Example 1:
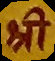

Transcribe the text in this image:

श्री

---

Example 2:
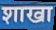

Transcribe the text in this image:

शाखा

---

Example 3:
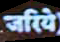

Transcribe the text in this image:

जरिये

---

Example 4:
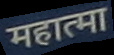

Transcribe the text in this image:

महात्मा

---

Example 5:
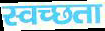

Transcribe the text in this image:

स्वच्छता